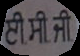
ਈ.ਸੀ.ਈ.